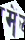
में